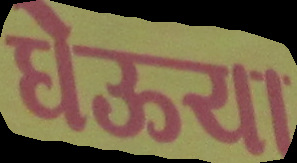
घेऊया